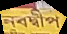
নবদ্বীপ